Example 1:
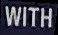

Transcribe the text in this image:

WITH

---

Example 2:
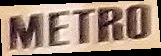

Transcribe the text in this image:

METRO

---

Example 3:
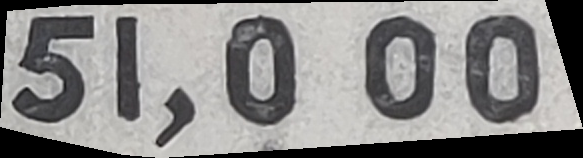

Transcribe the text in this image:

51,000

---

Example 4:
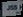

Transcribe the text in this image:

J55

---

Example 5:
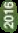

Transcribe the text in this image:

2016